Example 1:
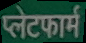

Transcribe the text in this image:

प्‍लेटफार्म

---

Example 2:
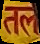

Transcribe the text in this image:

तल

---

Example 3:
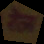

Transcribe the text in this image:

रेल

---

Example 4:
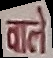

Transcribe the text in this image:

वाले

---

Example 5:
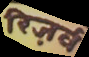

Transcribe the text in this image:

रिज़र्व